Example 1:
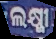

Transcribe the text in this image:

ଲକ୍ଷ୍ମୀ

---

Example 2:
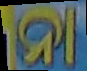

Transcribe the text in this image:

ନା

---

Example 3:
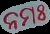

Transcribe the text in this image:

ନମଃ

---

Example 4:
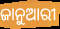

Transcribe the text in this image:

ଜାନୁଆରୀ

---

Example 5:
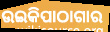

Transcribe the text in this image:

ଉଇକିପାଠାଗାର